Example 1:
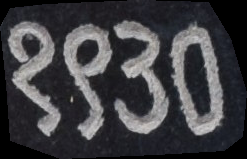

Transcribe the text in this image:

१९३०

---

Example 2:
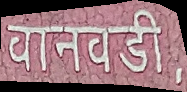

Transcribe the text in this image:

वानवडी,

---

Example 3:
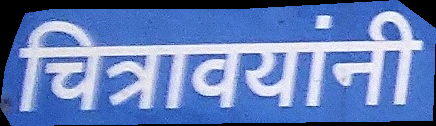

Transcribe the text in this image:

चित्रावयांनी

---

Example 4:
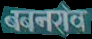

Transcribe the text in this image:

बबनराव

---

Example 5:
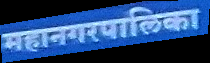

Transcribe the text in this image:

महानगरपालिका